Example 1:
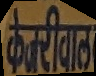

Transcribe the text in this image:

केजरीवाल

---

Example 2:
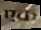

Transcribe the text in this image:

एक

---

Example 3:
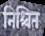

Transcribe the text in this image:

निश्चित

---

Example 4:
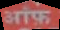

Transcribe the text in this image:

ऑफ़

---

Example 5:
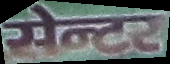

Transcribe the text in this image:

सेन्टर